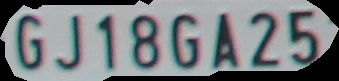
GJ18GA25